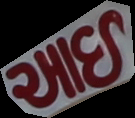
આઈ